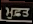
ਮੁਫ਼ਤ